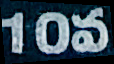
10వ